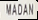
MADAN